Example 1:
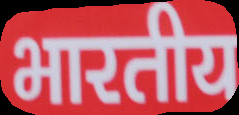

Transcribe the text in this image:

भारतीय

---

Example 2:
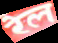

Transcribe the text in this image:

रेल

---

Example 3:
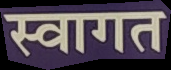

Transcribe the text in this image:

स्वागत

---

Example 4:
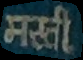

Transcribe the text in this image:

मस्ती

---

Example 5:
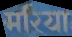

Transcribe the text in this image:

मरिया